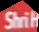
ShriH